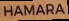
HAMARA